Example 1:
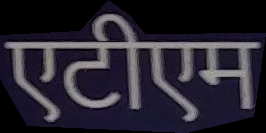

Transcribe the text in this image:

एटीएम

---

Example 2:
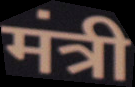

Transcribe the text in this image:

मंत्री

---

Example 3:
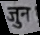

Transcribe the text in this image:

जुन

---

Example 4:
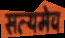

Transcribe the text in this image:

सत्यमेव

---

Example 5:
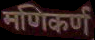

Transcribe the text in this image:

मणिकर्ण